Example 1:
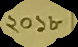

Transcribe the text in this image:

২০১৮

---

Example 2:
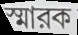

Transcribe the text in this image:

স্মারক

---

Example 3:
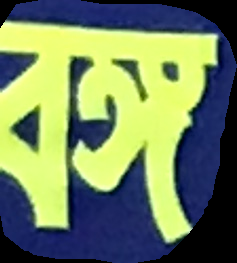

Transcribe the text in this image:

বঙ্গ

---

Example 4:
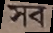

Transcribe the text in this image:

সব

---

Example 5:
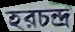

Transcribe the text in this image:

হরচন্দ্র